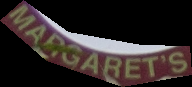
MARGARET'S